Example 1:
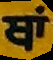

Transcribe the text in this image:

ਥਾਂ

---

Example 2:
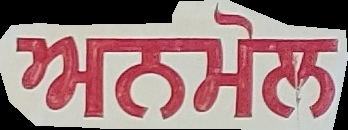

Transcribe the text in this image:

ਅਨਮੋਲ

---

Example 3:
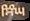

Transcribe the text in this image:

ਸੰਘ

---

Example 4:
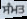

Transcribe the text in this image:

ਸੰਮਤ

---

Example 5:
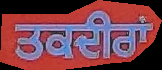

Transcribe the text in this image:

ਤਕਦੀਰਾਂ